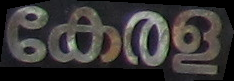
കേര‌ള